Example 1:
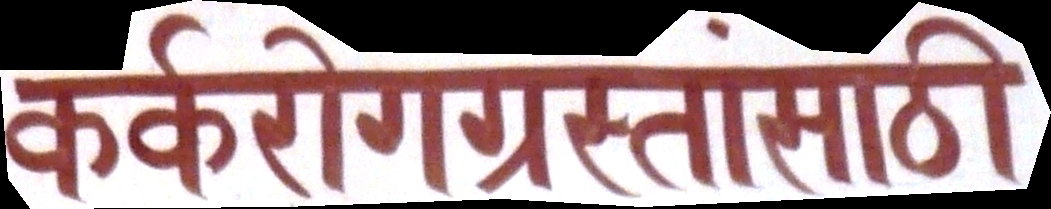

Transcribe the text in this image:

कर्करोगग्रस्तांसाठी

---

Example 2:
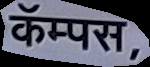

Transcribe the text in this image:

कॅम्पस,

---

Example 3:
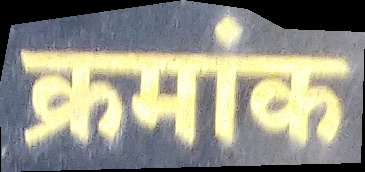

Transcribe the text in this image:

क्रमांक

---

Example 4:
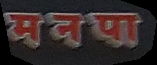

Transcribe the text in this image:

मनपा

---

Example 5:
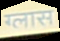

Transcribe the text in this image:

ग्लास